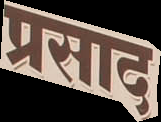
प्रसाद